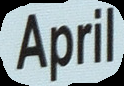
April